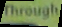
Through